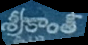
శ్రీకాంత్